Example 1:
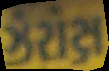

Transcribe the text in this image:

ઝેરોક્ષ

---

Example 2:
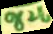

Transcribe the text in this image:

જય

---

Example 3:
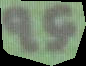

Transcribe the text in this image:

૧૬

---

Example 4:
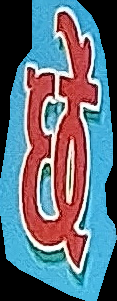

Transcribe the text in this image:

છેં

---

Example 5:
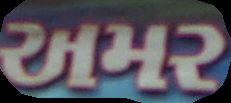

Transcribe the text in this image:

અમર